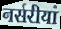
नर्सरीयां